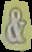
&